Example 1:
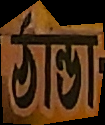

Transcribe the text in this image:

ঠান্ডা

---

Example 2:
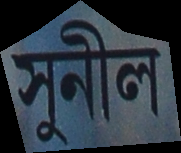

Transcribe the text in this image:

সুনীল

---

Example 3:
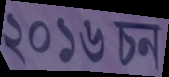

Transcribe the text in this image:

২০১৬চন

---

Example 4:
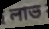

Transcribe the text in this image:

লাভ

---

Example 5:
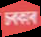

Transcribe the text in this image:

চৰকাৰ